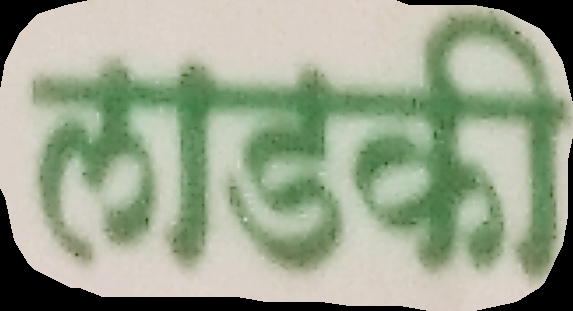
लाडकी